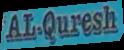
AL.Quresh